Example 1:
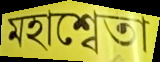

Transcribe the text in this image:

মহাশ্বেতা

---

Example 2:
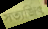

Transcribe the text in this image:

সত্যজিৎ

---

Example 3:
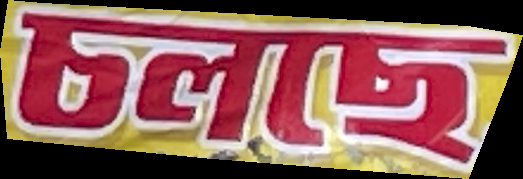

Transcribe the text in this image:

চলছে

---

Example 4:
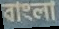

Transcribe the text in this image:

বাংলা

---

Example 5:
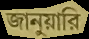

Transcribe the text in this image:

জানুয়ারি